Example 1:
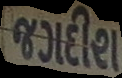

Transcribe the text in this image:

જગદીશ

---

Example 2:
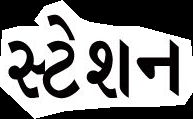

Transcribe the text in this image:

સ્ટેશન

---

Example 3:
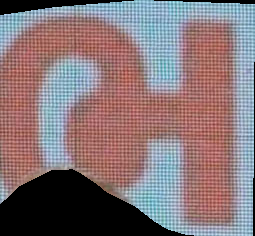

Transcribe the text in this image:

ભ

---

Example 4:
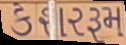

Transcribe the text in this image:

કેશર३મ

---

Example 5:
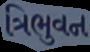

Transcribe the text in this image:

ત્રિભુવન